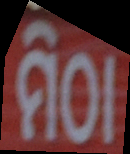
ମିଠା